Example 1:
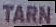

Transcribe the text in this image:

TARN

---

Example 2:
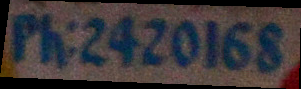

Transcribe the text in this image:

Ph:2420168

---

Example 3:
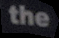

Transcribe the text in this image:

the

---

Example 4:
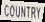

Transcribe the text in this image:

COUNTRY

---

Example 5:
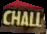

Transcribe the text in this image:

CHALL